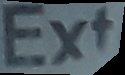
Ext